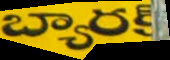
బ్యారక్